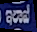
ಇಲಾಖೆ